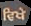
ਵਿਖੇ